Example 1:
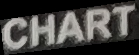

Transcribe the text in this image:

CHART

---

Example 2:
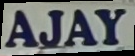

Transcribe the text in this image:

AJAY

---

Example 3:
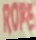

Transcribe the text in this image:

ROPE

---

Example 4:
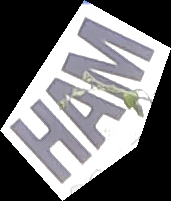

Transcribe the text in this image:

HAM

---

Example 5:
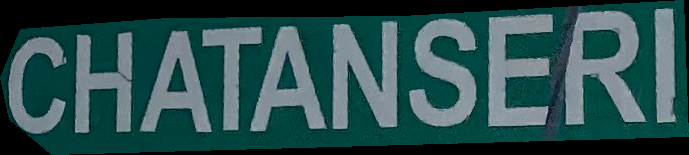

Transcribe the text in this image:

CHATANSERI